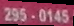
295-0145